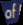
of